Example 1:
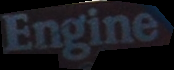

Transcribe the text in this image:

Engine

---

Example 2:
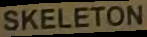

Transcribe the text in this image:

SKELETON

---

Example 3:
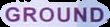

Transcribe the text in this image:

GROUND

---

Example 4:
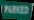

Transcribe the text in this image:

PARKED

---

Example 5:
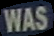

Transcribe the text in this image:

WAS